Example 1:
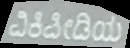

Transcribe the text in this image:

ವಿಕಿಪೀಡಿಯ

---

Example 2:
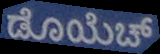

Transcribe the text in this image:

ಡೊಯೆಚ್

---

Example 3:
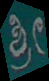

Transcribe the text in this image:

ಶ್ರೀ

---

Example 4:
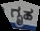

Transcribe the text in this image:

ಗೃಹ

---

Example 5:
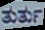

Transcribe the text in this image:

ತುರ್ತು